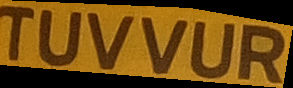
TUVVUR